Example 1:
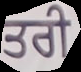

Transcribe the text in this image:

ਤਰੀ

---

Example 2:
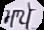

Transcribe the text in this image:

ਮਾਪੇ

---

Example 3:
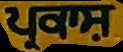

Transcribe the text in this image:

ਪ੍ਰਕਾਸ਼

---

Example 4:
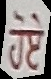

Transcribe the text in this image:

ਹੋਏ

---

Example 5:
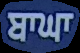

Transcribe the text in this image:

ਬਾਘਾ